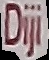
Diji